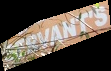
SERVANT